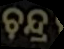
ଚନ୍ଦ୍ର